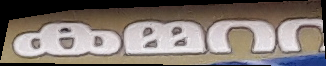
കമ്മററ